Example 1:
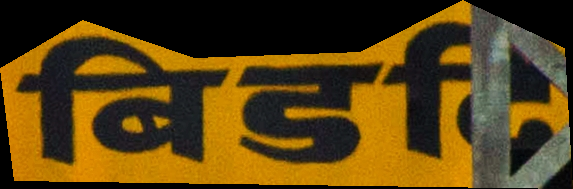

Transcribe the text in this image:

बिडदि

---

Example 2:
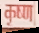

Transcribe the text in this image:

कृष्‍ण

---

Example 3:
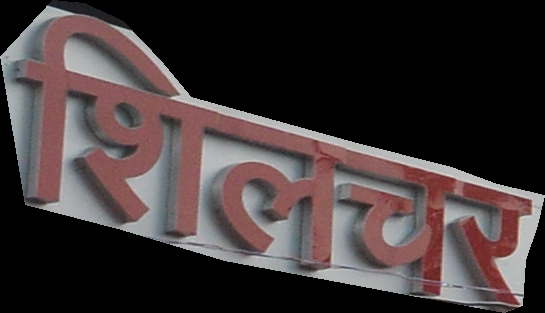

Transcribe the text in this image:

शिलचर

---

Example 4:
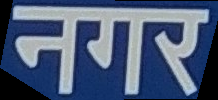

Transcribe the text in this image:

नगर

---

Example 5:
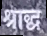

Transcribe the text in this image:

श्राद्ध